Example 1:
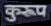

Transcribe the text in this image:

कुरूप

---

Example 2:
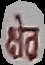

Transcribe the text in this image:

क्षेत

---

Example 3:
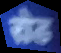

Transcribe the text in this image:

रोड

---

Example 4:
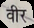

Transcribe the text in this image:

वीर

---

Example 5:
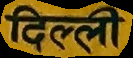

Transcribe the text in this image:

दिल्ली